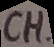
CH.